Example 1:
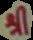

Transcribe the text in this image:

श्री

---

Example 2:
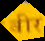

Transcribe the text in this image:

बीर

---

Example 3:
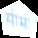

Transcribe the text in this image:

सोम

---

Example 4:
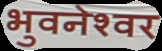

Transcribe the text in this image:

भुवनेश्वर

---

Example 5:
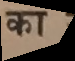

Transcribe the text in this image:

का